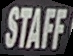
STAFF